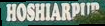
HOSHIARPUR